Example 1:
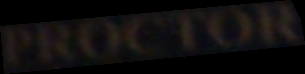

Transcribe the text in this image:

PROCTOR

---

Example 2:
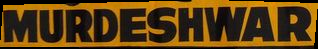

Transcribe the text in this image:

MURDESHWAR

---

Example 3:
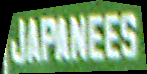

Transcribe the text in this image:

JAPANEES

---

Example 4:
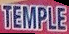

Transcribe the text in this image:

TEMPLE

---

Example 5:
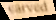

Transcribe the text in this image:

carved